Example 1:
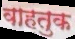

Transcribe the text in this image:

वाहतुक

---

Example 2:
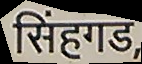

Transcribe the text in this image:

सिंहगड,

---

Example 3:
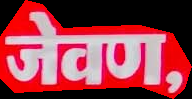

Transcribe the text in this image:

जेवण,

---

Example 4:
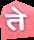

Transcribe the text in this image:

ते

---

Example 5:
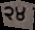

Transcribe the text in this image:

२४